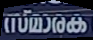
സ്‌മാരക